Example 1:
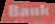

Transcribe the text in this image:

Bank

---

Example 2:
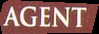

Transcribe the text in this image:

AGENT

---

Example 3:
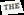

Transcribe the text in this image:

THE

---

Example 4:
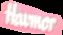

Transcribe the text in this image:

Havmor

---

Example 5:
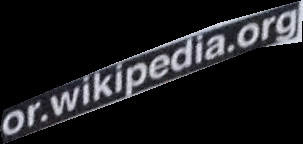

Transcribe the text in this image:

or.wikipedia.org